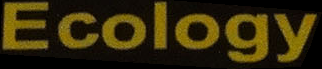
Ecology